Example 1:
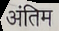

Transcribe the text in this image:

अंतिम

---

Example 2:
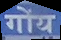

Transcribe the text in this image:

गोंय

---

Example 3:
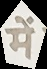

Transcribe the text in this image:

में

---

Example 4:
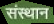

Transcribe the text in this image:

संस्थान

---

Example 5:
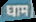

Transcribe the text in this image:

धाम